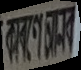
কাৰণে৷আমৰ